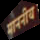
माननीय